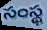
సంస్థ